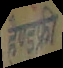
हैण्डफ्री